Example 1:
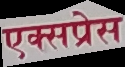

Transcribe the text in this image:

एक्सप्रेस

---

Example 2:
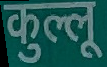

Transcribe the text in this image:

कुल्लू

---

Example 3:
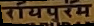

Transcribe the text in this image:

रायपुरम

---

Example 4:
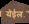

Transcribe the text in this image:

येईल.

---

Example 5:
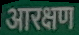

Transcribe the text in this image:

आरक्षण